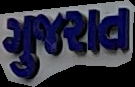
ગુજરાત